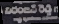
నిరంజన్ రెడ్డి